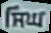
ਸਿਘ